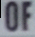
OF